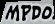
MPDO